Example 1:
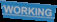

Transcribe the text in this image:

WORKING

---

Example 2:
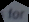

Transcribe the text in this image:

for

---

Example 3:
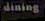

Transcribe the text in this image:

dining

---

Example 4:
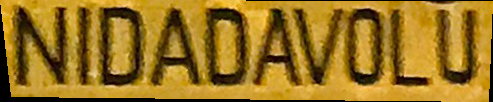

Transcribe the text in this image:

NIDADAVOLU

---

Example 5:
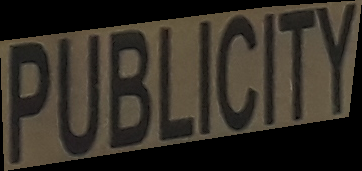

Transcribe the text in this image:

PUBLICITY